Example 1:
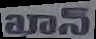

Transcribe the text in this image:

ఖాన్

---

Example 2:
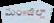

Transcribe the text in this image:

మ౦౪జిల్లా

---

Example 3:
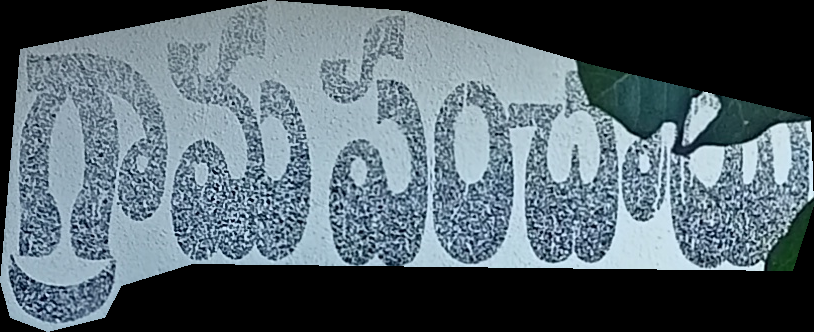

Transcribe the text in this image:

గ్రామపంచా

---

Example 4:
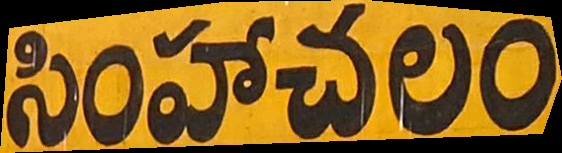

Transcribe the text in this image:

సింహాచలం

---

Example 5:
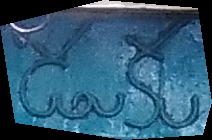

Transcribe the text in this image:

డుకు